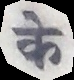
के